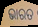
ଭାରତ